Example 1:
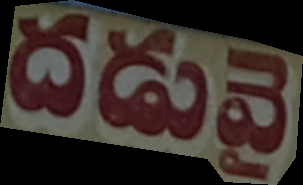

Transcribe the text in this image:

దడువై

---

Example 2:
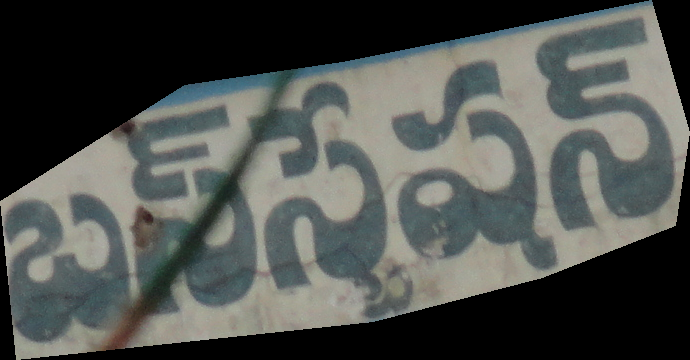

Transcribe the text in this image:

బస్ స్టేషన్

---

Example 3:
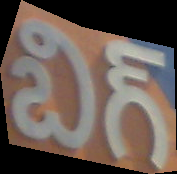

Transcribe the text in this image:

బిర్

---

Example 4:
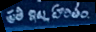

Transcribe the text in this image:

ప్రతీ ఇల్లు హరితం.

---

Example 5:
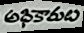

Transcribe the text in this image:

అధికారుట